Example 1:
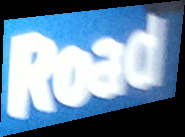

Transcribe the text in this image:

Road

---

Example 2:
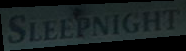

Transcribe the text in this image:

SLEEPNIGHT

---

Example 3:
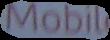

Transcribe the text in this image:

Mobile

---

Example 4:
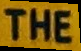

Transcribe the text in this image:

THE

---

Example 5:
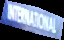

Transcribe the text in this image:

INTERNATIONAL